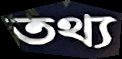
তথ্য